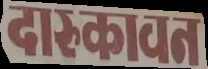
दारुकावन